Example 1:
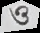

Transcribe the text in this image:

ও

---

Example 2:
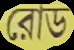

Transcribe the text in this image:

রোড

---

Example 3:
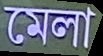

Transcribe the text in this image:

মেলা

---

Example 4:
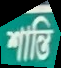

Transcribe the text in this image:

শান্তি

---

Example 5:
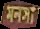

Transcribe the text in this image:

মনসা